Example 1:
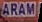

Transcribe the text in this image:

ARAM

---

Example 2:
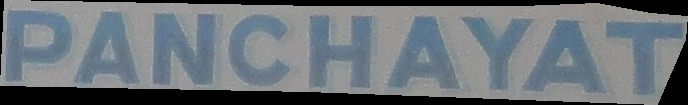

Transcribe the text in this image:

PANCHAYAT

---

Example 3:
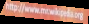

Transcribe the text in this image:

http://www.mr.wikipedia.org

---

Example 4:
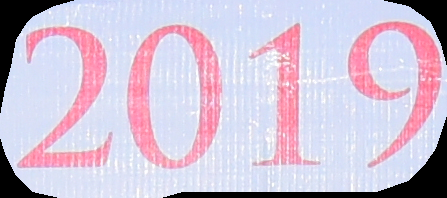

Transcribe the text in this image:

2019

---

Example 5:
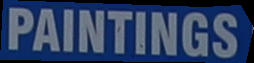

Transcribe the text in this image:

PAINTINGS